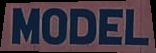
MODEL